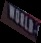
WORLD